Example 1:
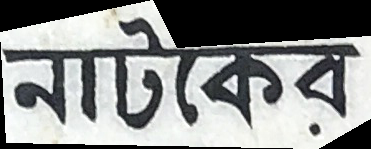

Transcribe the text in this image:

নাটকের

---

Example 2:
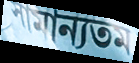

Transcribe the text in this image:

সামান্যতম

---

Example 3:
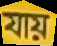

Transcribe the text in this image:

যায়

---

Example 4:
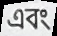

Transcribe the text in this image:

এবং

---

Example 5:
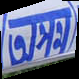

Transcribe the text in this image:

(অসম)